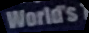
World